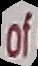
of